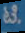
ಟಿ